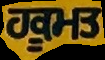
ਹਕੂਮਤ